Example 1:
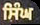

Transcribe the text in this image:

ਸਿੰਘ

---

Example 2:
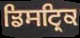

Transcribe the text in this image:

ਡਿਸਟ੍ਰਿਕ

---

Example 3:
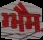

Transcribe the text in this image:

ਐਸ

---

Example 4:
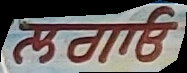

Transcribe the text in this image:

ਲਗਾਓ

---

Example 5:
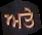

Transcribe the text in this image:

ਅਤੇ